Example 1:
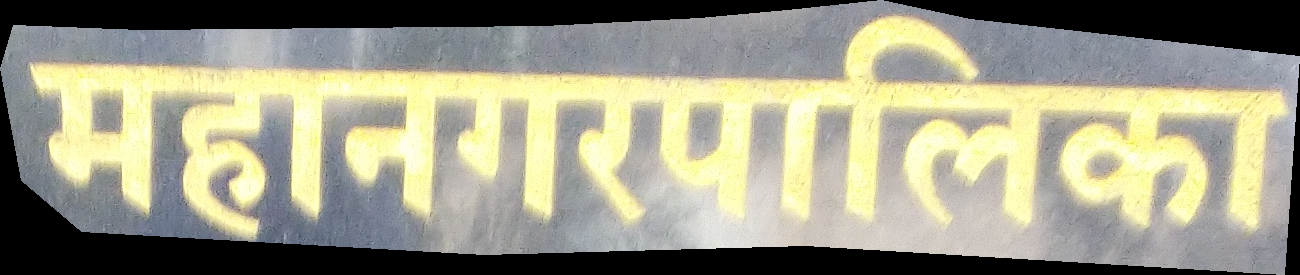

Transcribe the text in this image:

महानगरपालिका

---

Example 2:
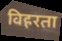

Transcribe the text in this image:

विहरता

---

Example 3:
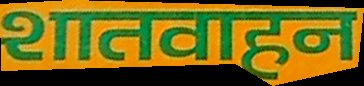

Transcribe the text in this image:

शातवाहन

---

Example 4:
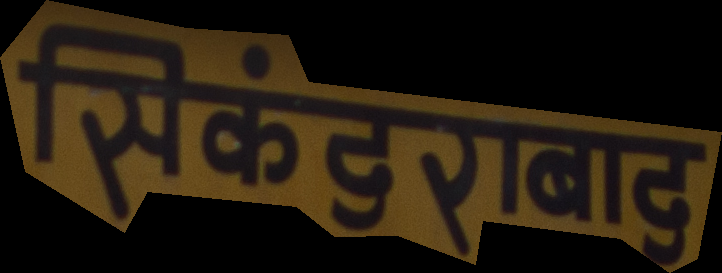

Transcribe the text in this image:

सिकंदराबाद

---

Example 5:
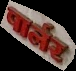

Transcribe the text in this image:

पार्लर